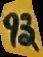
੧੩